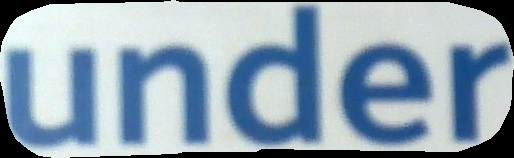
under